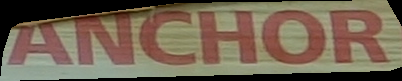
ANCHOR